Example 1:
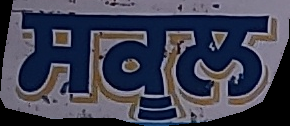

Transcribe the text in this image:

ਸਕੂਲ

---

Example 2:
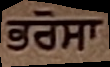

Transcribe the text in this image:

ਭਰੋਸਾ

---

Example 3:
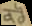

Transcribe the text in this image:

ਕਰੋ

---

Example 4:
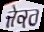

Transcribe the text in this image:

ਜੇਕਰ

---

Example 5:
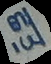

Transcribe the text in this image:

ਛਤੁ